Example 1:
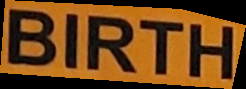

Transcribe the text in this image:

BIRTH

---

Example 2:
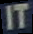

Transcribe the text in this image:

IT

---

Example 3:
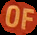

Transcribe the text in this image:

OF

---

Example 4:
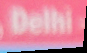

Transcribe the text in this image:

Delhi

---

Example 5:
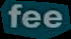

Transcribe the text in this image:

fee